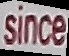
since